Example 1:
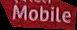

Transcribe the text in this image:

Mobile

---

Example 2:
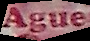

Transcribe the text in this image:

Ague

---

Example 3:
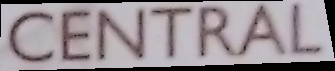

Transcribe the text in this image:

CENTRAL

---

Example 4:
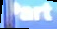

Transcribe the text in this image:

Part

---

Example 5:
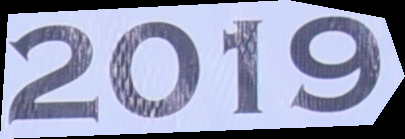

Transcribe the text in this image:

2019